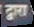
द्वारा